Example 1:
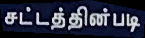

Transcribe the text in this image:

சட்டத்தினபடி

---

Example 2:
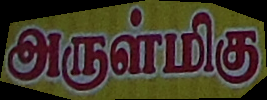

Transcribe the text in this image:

அருள்மிகு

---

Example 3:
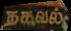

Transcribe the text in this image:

தகவல்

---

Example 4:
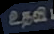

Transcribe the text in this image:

உதவி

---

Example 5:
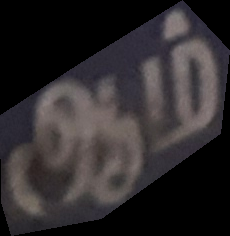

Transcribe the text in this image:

ஆம்